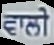
ਵਾਲੀ